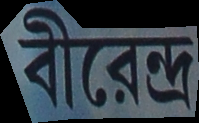
বীরেন্দ্র